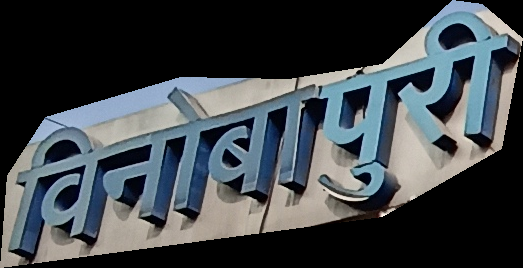
विनोबापुरी